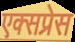
एक्सप्रेस